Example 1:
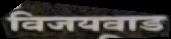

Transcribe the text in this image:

विजयवाड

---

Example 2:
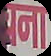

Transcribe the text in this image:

ना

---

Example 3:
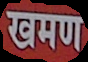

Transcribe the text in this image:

खमण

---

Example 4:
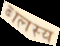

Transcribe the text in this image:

बालस्य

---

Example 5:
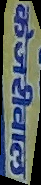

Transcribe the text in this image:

केजरीवाल